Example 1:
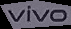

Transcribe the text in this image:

vivo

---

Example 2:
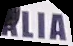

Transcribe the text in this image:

LIA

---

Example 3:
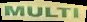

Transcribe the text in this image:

MULTI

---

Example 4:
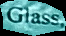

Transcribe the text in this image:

Glass,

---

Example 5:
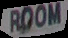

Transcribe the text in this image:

ROOM